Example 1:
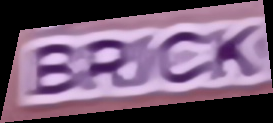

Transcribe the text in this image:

BRICK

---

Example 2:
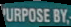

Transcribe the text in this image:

URPOSEBY,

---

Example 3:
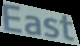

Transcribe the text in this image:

East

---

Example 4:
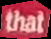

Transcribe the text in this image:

that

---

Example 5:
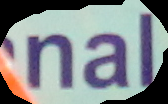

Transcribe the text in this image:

nal